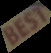
BEST